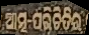
ଆମ୍ଭ-ପରିଚିତିର